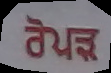
ਰੋਪੜ